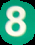
8